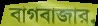
বাগবাজার